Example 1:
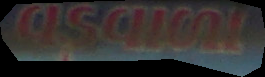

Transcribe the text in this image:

વડવાળા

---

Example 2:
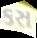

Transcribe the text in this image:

કસ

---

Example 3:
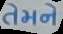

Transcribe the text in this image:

તેમને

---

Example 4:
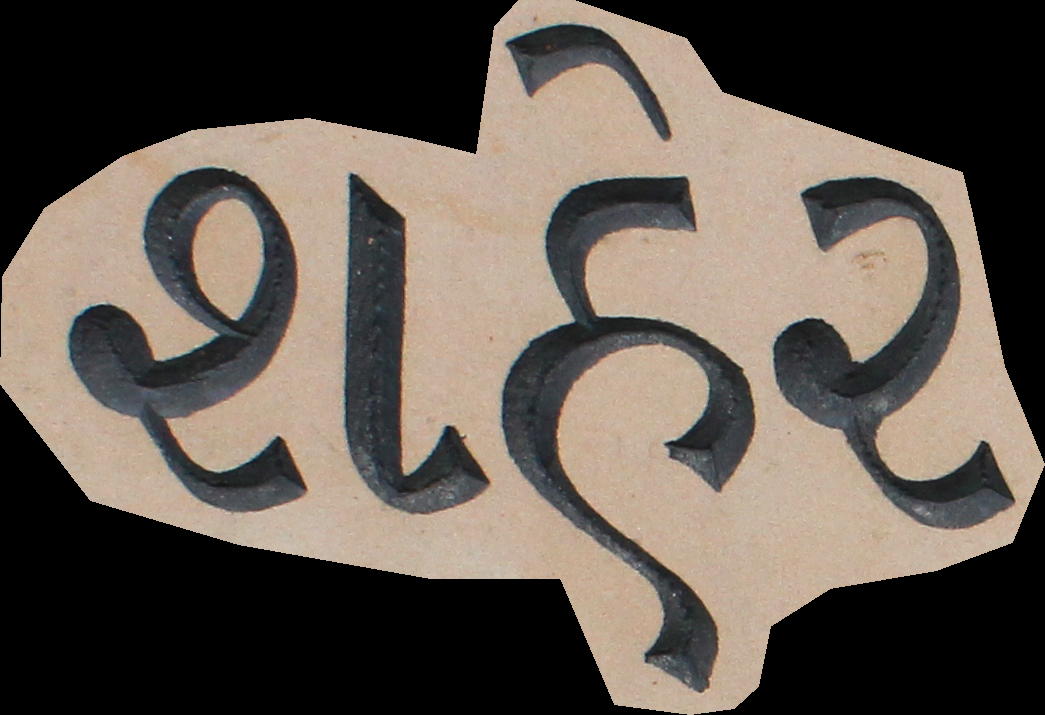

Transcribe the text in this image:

શહેર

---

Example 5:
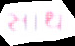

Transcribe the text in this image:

સાથ